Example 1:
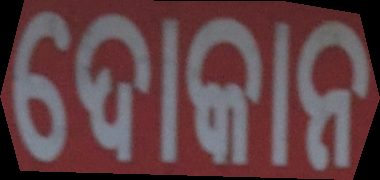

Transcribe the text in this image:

ଦୋକାନ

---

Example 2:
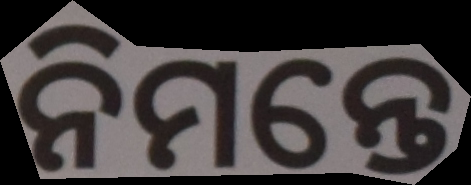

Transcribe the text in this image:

ନିମନ୍ତେ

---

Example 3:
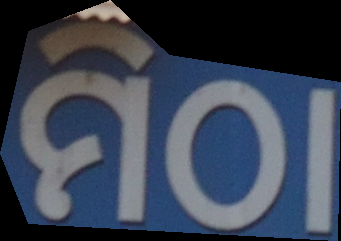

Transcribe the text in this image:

ମିଠା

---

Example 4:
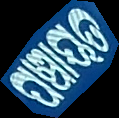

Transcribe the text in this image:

ପଞ୍ଚାୟତ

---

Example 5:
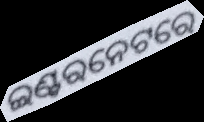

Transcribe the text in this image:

ଇଣ୍ଟରନେଟରେ